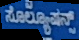
ಸೊಲ್ಯೂಷನ್ಸ್